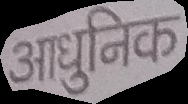
आधुनिक